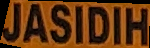
JASIDIH